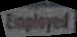
Employed